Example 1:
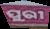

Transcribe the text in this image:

ପୁରୀ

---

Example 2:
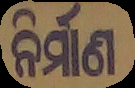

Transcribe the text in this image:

ନିର୍ମାଣ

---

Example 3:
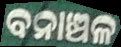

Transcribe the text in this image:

ବନାଞ୍ଚଳ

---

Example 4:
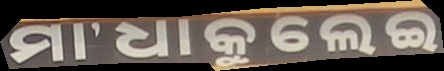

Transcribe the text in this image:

ମା’ଧାକୁଲେଇ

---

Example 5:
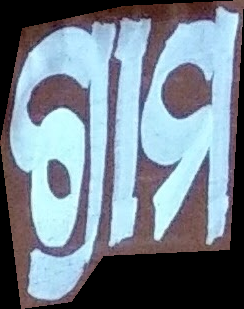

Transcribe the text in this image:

ଗ୍ରାମ